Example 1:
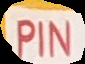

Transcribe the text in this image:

PIN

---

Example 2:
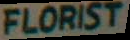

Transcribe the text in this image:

FLORIST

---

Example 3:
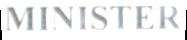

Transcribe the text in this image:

MINISTER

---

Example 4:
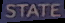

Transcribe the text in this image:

STATE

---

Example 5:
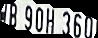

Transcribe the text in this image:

B 90H 360